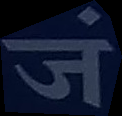
जं